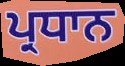
ਪ੍ਰਧਾਨ